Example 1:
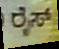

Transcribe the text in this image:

ರೈಸ್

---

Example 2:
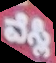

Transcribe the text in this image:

ವೆಸ್ಲಿ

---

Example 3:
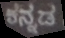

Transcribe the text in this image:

ಕನ್ನಡ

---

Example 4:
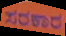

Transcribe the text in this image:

ಸರಕಾರ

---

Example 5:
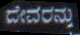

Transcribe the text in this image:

ದೇವರನ್ನ